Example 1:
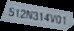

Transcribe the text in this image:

512N314V01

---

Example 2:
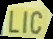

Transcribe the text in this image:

LIC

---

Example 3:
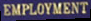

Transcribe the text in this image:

EMPLOYMENT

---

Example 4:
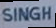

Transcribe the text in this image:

SINGH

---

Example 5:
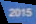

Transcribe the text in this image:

2015